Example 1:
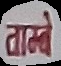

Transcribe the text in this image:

ताम्बे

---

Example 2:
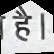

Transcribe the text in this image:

है।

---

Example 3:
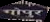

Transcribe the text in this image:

गोपुर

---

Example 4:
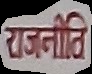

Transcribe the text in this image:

राजनीति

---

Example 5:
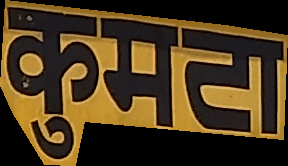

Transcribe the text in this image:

कुमटा